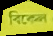
বিকেল